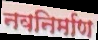
नवनिर्माण